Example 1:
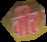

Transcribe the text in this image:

वीर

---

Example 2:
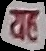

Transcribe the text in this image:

यह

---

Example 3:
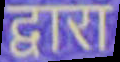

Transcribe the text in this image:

द्वारा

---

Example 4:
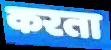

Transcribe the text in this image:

करता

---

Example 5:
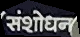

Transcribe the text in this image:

संशोधन